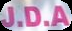
J.D.A